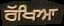
ਰੱਖਿਆ